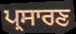
ਪ੍ਰਸਾਰਣ